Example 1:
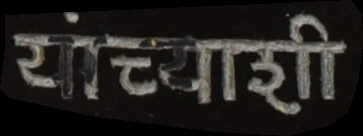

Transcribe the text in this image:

यांच्याशी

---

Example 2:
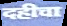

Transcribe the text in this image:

दहीचा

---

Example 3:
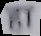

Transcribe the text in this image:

हा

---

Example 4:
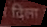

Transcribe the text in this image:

दिला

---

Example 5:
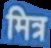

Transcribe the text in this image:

मित्र